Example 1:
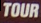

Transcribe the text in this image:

TOUR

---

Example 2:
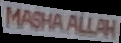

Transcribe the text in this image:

MASHAALLAH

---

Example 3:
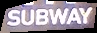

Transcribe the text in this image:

SUBWAY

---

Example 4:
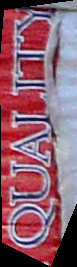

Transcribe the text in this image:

QUALITY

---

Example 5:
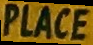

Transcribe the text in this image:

PLACE